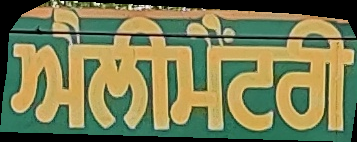
ਐਲੀਮੈਂਟਰੀ